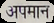
अपमान